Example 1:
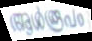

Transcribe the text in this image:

ആൾരൂപം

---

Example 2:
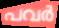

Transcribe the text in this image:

പവർ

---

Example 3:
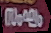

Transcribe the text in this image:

സംഘം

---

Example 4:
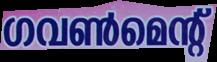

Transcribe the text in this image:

ഗവൺമെൻ്റ്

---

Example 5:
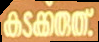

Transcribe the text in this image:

കടക്കരുത്